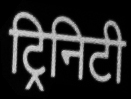
ट्रिनिटी